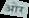
ओर